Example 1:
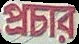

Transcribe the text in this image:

প্রচার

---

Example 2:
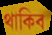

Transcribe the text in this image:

থাকিব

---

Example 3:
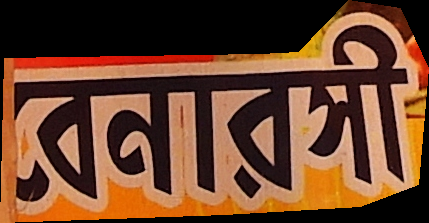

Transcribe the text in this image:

বেনারসী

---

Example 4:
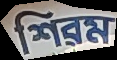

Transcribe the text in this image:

শিৱম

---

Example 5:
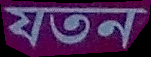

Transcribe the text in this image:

যতন